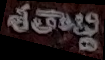
శతాబ్ది